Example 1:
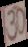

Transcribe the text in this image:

ॐ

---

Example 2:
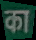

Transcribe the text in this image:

का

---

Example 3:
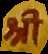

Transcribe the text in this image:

श्री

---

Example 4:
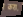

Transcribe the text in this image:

करा,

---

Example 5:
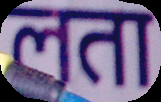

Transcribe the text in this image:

लता